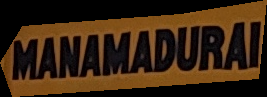
MANAMADURAI